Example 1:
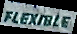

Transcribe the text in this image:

FLEXIBLE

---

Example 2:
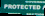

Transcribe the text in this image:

PROTECTED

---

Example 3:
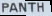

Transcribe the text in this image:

PANTH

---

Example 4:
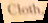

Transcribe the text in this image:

Cloth,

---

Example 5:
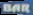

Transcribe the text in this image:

BAR